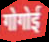
गोगोई